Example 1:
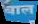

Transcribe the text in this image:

बाल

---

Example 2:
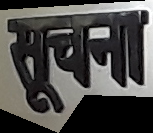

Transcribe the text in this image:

सूचना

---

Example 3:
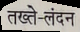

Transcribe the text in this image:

तख्ते-लंदन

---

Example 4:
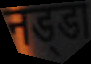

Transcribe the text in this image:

नड्डा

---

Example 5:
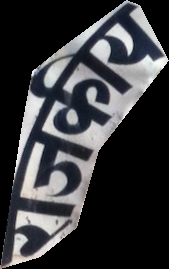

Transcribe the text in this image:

राजकीय